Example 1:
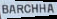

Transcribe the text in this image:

BARCHHA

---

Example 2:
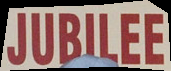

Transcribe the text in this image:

JUBILEE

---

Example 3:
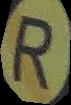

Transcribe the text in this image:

R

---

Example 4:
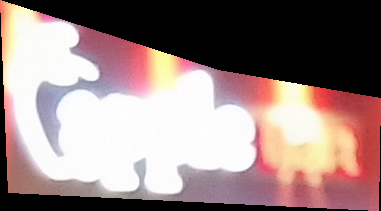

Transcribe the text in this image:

Capple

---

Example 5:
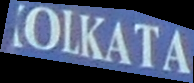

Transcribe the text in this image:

OLKATA